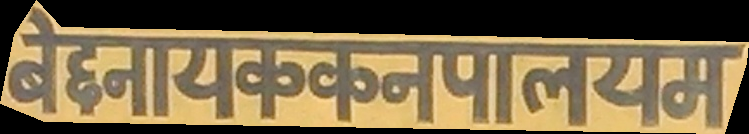
बेद्दनायककनपालयम